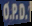
O.P.D.